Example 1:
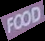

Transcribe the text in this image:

FOOD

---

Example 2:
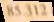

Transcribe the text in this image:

85.312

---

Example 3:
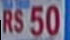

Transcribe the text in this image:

RS50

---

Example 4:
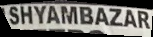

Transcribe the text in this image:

SHYAMBAZAR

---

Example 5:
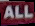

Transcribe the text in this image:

ALL